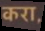
कराः